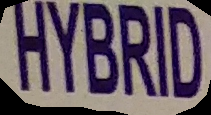
HYBRID